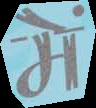
में